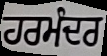
ਹਰਮੰਦਰ